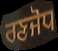
ਰਣਜੋੋਧ